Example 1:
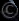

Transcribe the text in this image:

C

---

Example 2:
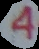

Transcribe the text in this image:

4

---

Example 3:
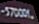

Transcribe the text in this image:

570001.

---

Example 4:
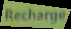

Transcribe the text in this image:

Recharge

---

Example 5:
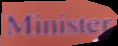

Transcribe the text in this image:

Minister